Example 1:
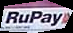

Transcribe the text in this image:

RuPay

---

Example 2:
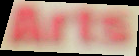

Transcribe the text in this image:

Arts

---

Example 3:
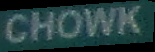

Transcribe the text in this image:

CHOWK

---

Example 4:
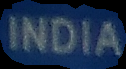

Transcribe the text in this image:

INDIA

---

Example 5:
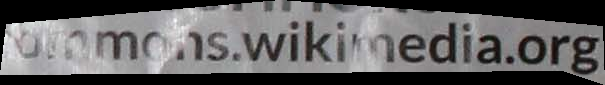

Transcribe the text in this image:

commons.wikimedia.org